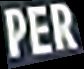
PER